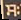
ਸ: